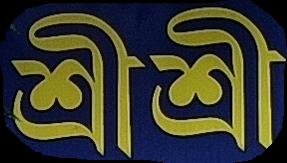
শ্ৰীশ্ৰী